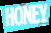
HONEY